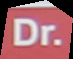
Dr.